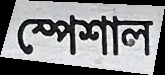
স্পেশাল